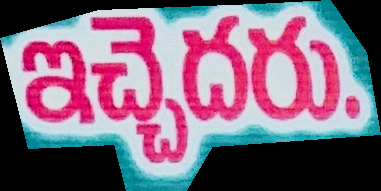
ఇచ్చెదరు.